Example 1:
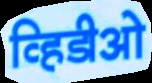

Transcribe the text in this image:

व्हिडीओ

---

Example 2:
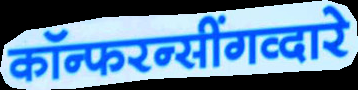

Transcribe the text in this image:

कॉन्फरन्सींगव्दारे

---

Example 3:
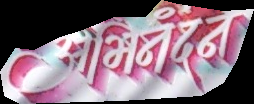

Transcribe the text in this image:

अभिनंदन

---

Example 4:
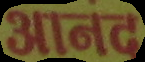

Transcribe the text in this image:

आनंद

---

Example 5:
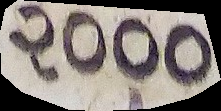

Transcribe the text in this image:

२०००